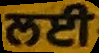
ਲਈ